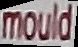
mould